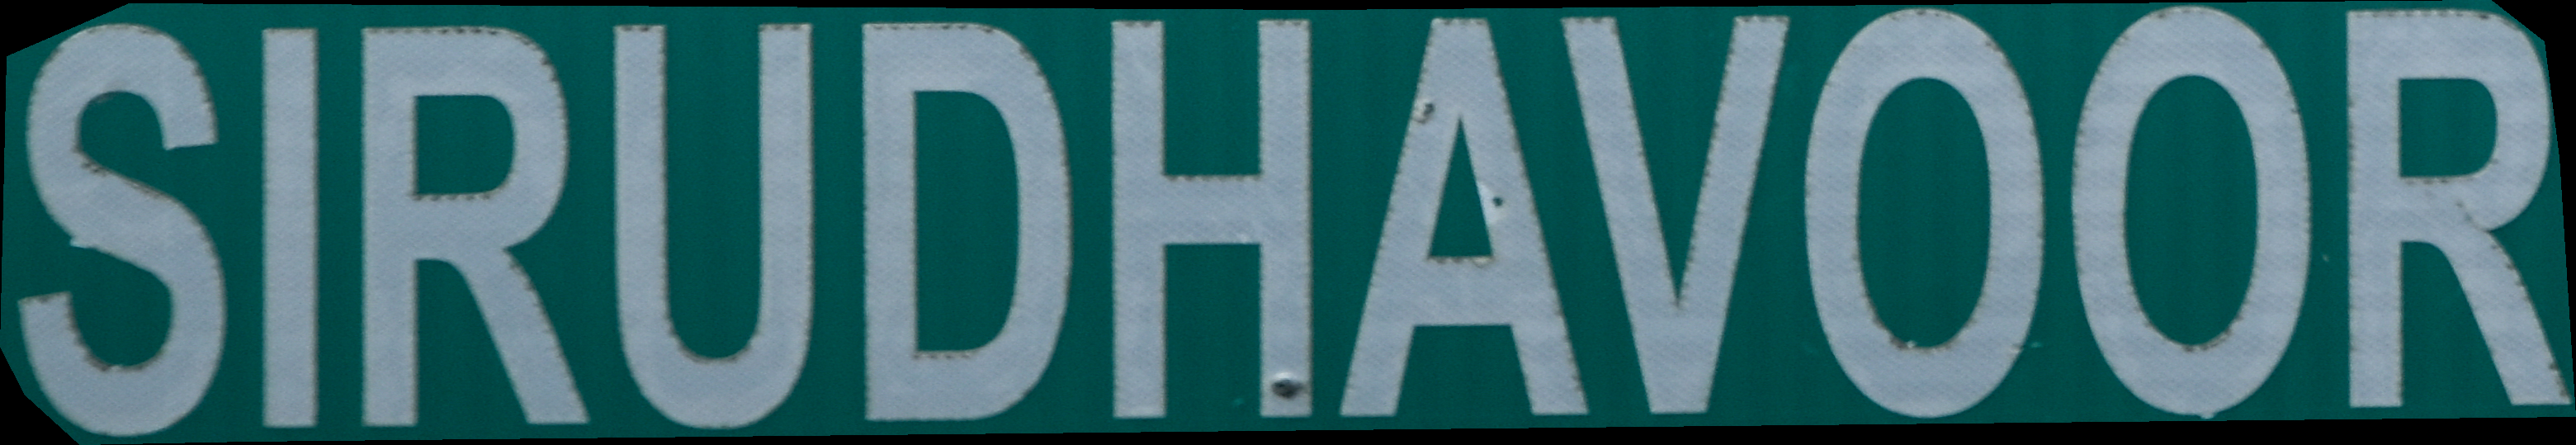
SIRUDHAVOOR